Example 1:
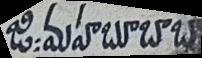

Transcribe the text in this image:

జి.మహబూబాబా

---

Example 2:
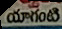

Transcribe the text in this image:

యాగంటి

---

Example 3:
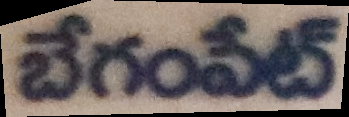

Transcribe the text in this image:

బేగంపేట్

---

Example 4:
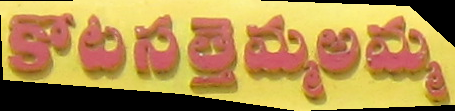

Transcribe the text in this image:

కోటసత్తెమ్మఅమ్మ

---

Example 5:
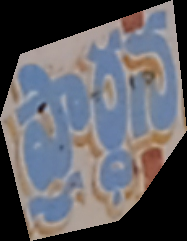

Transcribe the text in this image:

ప్రార్ధన